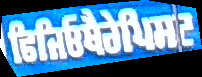
ਫਿਜਿਓਥੈਰੇਪਿਸਟ